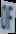
OF